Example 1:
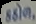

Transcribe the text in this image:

કઠોળ,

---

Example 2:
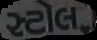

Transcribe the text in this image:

સ્ટોલ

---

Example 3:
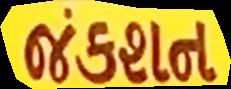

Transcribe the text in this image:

જંકશન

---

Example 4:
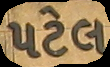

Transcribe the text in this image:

૫ટેલ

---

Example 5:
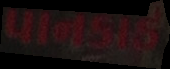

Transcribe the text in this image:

પાનકાર્ડ